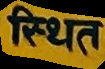
स्थित